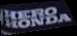
HERO HONDA